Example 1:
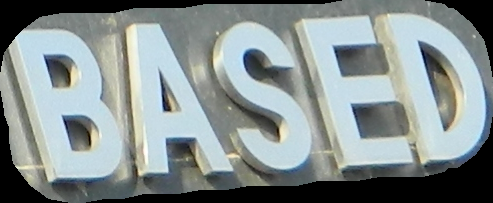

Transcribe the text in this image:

BASED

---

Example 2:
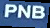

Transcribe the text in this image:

PNB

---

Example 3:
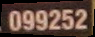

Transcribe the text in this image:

099252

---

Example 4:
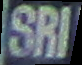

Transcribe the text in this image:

SRI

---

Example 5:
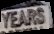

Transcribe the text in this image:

YEARS